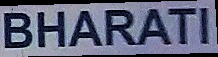
BHARATI